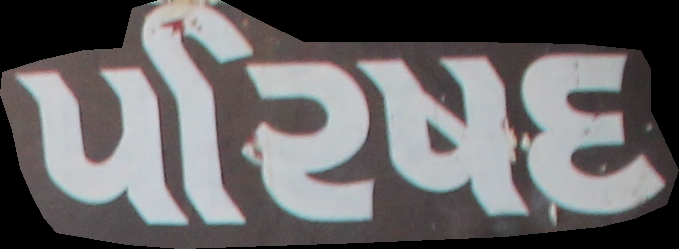
પરિષદ